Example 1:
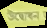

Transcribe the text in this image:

উদ্বোধন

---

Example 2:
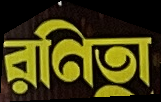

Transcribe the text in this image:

রণিতা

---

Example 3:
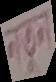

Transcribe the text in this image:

নভুন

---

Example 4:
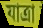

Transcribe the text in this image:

যাত্রা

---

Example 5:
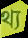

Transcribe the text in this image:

থ্য